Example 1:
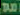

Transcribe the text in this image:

TAXI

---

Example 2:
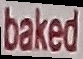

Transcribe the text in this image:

baked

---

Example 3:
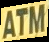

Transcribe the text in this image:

ATM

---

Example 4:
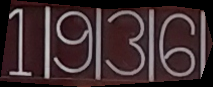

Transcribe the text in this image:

1936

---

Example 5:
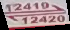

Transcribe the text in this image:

12410